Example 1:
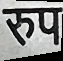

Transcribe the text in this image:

रुप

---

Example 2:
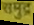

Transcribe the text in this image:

समुद्र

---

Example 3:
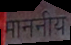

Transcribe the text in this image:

माननीय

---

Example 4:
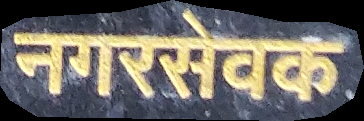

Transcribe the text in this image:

नगरसेवक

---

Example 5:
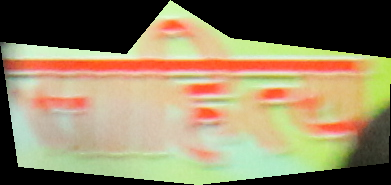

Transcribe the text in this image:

साहित्य